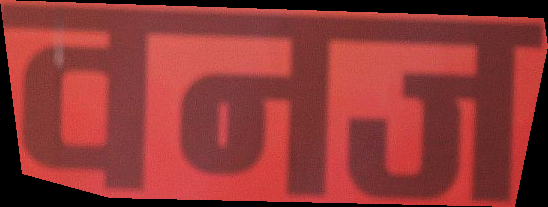
वनज